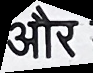
और